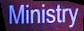
Ministry